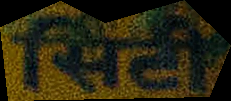
सिंटी